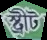
স্ট্রীট